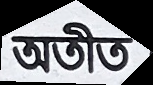
অতীত